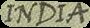
INDIA